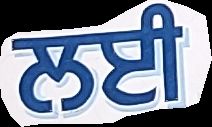
ਲਈ